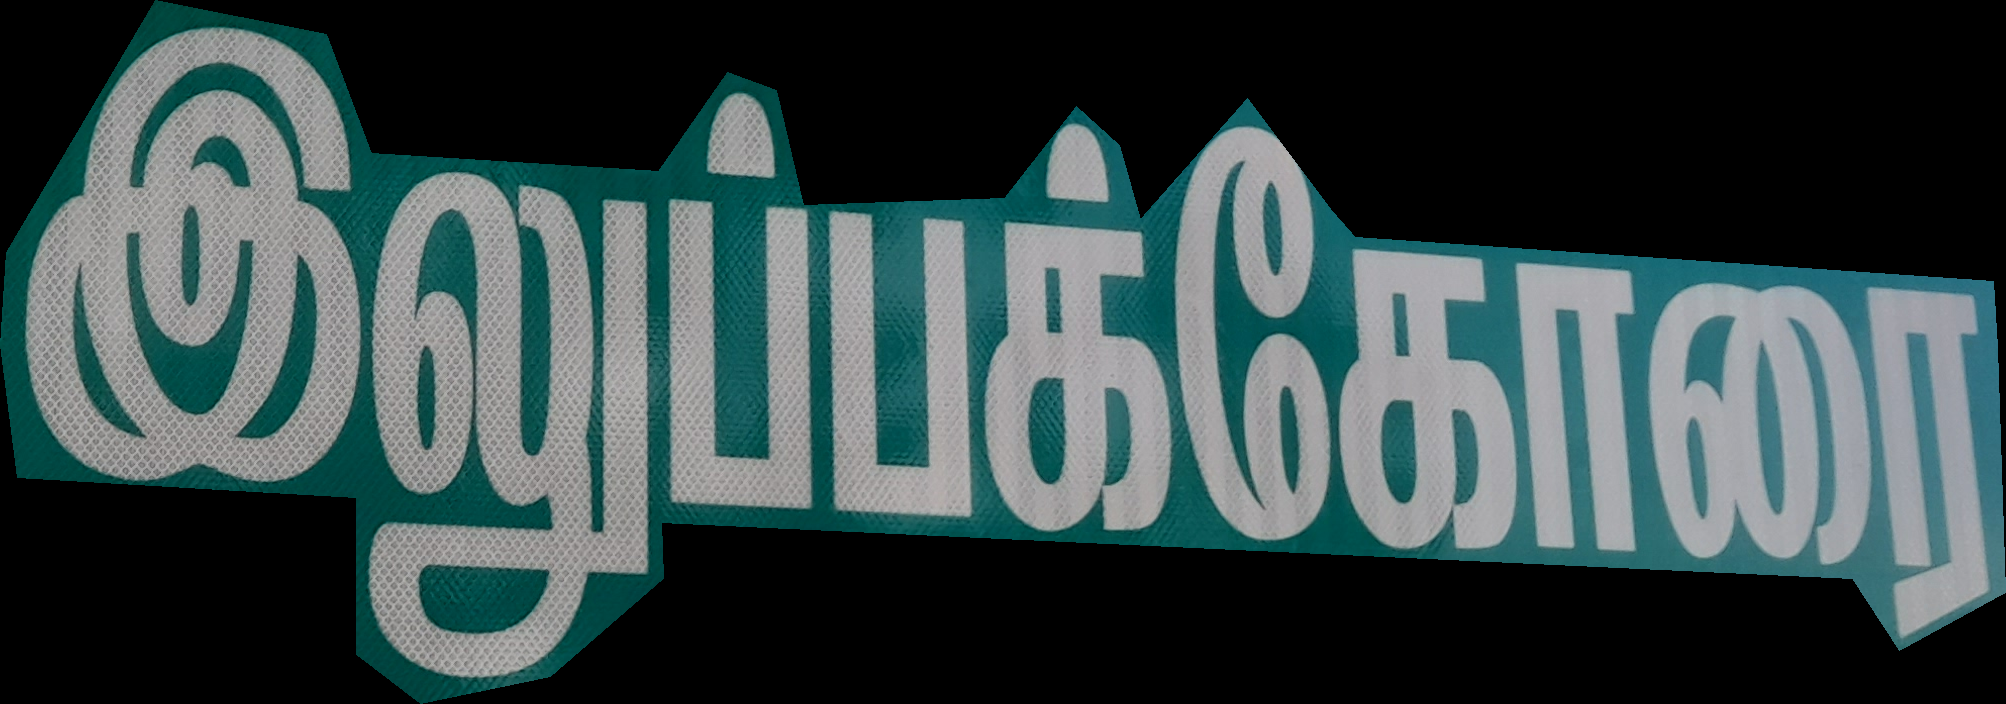
இலுப்பக்கோரை